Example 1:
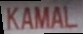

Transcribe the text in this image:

KAMAL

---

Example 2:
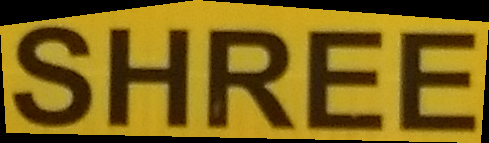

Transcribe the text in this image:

SHREE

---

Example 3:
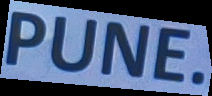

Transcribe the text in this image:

PUNE.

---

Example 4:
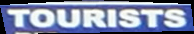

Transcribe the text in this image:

TOURISTS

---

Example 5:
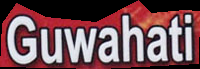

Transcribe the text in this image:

Guwahati